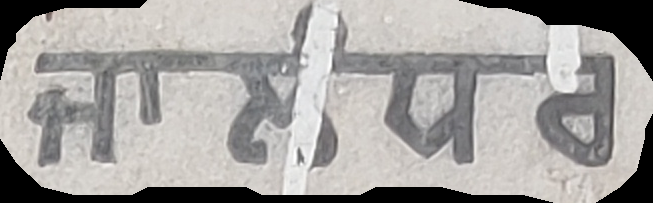
ਜਾਲੰਧਰ